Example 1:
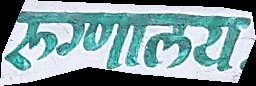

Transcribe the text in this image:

रुग्णालय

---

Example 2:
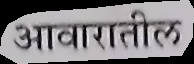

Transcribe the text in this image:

आवारातील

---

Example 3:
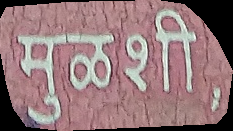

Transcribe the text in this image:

मुळशी,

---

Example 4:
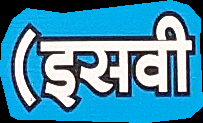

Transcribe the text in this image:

(इसवी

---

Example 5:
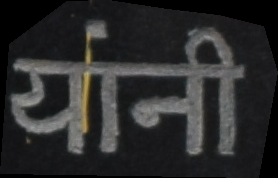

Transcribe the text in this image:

यांनी